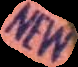
NEW